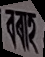
বৰাহ